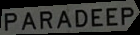
PARADEEP